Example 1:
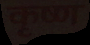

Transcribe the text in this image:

कृष्ण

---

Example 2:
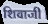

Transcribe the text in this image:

शिवाजी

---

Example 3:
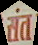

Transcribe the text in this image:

संत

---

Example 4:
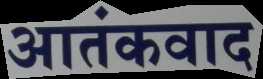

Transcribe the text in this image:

आतंकवाद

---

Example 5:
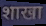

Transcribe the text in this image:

शाखा